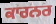
ਕਾਰਨਰ